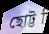
ছোট্ট